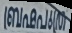
ബ്രഹ്മപംത്ര